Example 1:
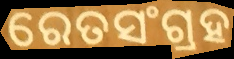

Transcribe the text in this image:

ରେତସଂଗ୍ରହ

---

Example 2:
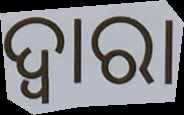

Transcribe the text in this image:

ଦ୍ବାରା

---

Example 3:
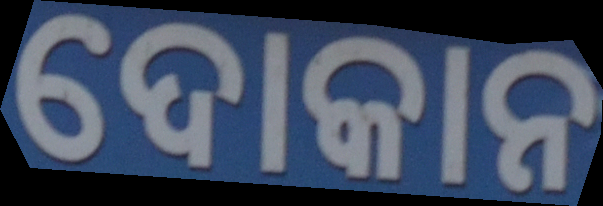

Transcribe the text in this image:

ଦୋକାନ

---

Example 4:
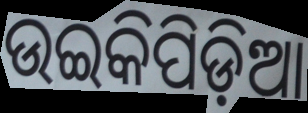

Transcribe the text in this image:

ଉଇକିପିଡ଼ିଆ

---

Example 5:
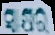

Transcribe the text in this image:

ସାକ୍ଷର